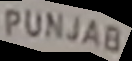
PUNJAB